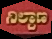
ನಿಲ್ದಾಣ